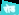
रोड